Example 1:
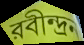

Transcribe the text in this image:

রবীন্দ্রন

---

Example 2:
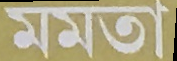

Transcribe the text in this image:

মমতা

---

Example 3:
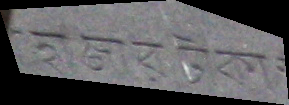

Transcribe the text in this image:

হাজার টাকা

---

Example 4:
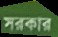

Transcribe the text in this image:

সরকার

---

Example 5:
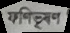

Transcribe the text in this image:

ফণিভূষণ